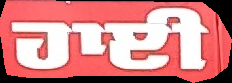
ਹਾਈ